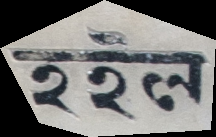
হইল